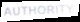
AUTHORITY